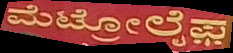
ಮಟ್ರೋಲೈಫ